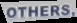
OTHERS,